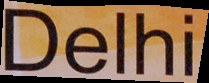
Delhi